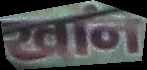
खनि